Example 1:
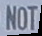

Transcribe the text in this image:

NOT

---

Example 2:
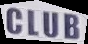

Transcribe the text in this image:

CLUB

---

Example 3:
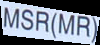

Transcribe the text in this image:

MSR(MR)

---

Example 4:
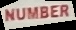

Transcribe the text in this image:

NUMBER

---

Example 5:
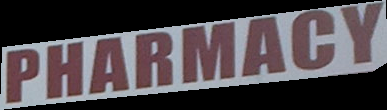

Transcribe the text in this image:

PHARMACY